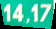
14,17